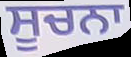
ਸੂਚਨਾ